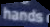
hands